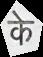
के